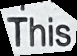
This